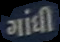
ગાંધી